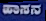
ಹಾಸನ